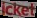
icket